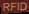
RFID